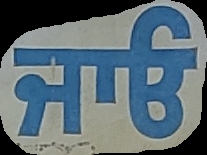
ਜਾੳ